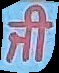
ਜੀ